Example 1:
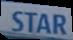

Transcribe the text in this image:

STAR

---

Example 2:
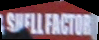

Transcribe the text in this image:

SHELLFACTOR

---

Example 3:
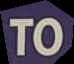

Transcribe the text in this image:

TO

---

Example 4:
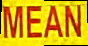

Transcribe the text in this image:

MEAN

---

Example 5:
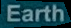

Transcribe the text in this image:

Earth